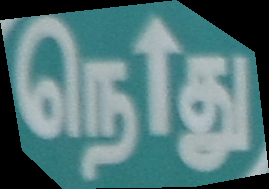
நெ↑து